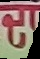
ਦਾ